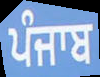
ਪੰਜਾਬ